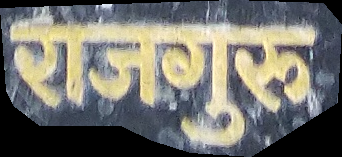
राजगुरु